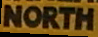
NORTH